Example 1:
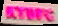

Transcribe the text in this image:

KTDFC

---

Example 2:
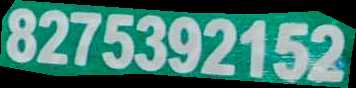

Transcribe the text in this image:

8275392152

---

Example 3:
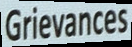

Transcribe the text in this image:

Grievances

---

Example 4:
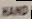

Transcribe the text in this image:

HAND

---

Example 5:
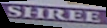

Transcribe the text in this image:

SHREE